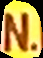
N.